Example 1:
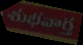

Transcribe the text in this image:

శుభవార్త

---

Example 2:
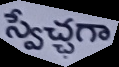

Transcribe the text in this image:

స్వేచ్ఛగా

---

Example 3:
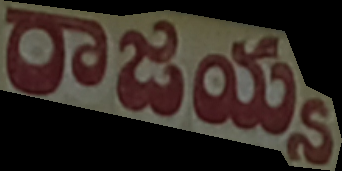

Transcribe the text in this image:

రాజయ్య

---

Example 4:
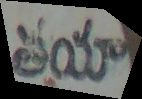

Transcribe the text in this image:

తయా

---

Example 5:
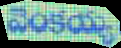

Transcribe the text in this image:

వెంకయ్య